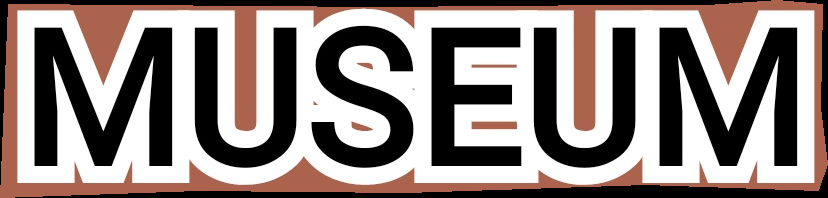
MUSEUM